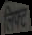
लिफ्ट